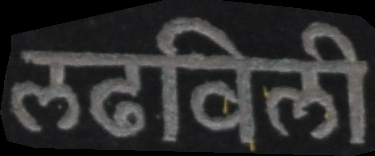
लढविली